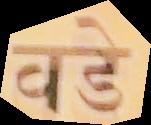
वडे